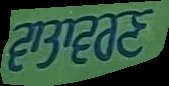
ਵਾਤਾਵਰਣ